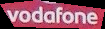
vodafone